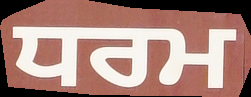
ਧਰਮ